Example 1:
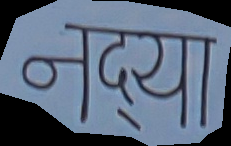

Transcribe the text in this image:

नद्या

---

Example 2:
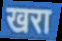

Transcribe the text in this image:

खरा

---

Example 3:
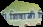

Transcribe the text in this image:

शिवाजी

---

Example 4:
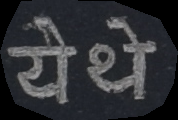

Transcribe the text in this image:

येथे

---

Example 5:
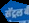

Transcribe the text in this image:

सॅट्रल